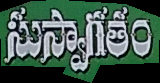
సుస్పాగతం